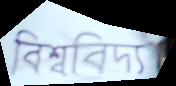
বিশ্ববিদ্য